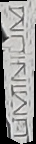
LUMINIUM